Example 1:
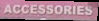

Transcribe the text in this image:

ACCESSORIES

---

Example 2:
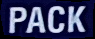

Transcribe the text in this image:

PACK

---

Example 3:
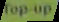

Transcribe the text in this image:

Top-up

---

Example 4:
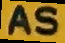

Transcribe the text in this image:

AS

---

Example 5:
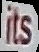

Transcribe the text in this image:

its